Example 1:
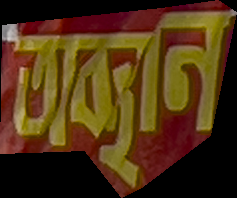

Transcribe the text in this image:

অবস্থান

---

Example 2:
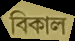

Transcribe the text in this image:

বিকাল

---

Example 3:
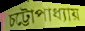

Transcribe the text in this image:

চট্টোপাধ্যায়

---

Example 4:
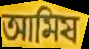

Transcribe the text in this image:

আমিষ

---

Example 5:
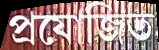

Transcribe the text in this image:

প্রযোজিত